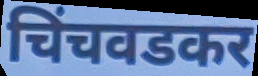
चिंचवडकर